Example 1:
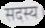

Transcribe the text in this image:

सदस्य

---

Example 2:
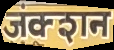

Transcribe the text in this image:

जंक्शन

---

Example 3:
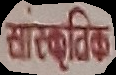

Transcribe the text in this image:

साਂस्कृतिक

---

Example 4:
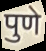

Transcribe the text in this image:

पुणे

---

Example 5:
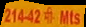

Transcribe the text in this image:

214-42मी. Mts